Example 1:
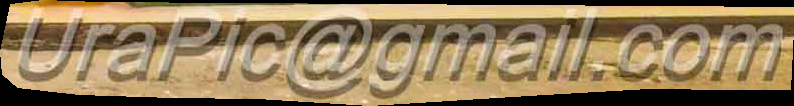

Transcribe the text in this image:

UraPic@gmail.com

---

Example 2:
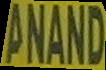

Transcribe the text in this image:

ANAND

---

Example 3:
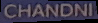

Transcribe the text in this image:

CHANDNI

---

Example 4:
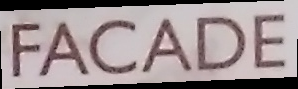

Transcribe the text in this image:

FACADE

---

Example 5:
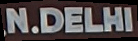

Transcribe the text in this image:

N.DELHI